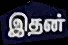
இதன்